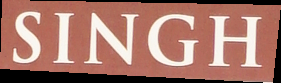
SINGH